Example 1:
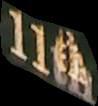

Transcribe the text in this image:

11th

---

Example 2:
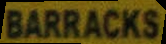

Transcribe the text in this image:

BARRACKS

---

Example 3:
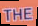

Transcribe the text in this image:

THE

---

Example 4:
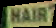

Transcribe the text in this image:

HAIR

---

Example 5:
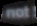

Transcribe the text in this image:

not